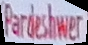
Pardeshwer